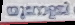
യൂറോളജി